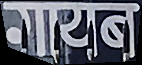
गायब